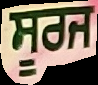
ਸੂਰਜ